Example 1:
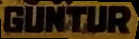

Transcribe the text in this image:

GUNTUR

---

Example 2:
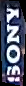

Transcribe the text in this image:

SONY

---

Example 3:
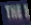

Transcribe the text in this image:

THE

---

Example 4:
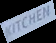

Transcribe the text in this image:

KITCHEN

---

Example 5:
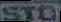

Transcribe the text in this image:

STD